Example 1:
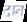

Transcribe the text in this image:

दान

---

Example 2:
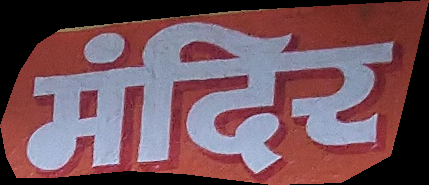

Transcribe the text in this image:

मंदिर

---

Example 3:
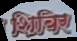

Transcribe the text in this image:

शिविर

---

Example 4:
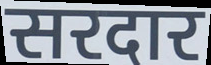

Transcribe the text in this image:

सरदार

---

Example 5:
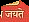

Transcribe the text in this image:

जयते